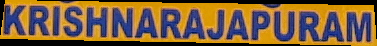
KRISHNARAJAPURAM